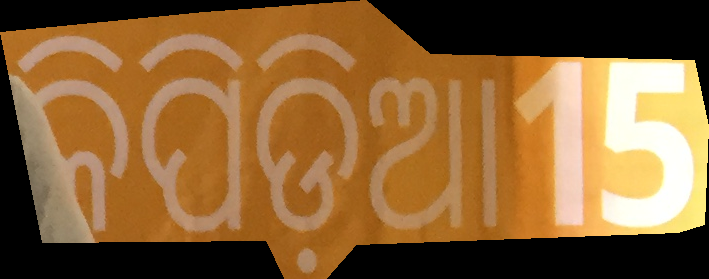
ପିଡି଼ଆ 15